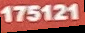
175121